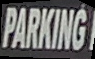
PARKING